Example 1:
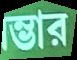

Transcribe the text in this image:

ম্ভার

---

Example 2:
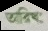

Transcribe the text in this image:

তারিখ:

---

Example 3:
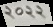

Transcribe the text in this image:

২০২২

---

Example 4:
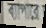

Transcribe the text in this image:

ব্যাপারে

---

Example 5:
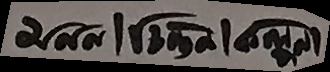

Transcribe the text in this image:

মনন।চিন্তন।কল্পনা